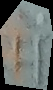
में